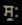
ਸੁ: